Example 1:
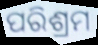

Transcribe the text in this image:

ପରିଣ୍ରମ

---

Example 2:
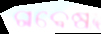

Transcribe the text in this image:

ଗଦେଷ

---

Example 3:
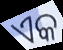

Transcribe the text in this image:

ଏକ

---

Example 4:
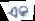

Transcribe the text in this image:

ଏକ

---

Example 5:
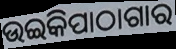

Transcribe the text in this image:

ଉଇକିପାଠାଗାର